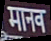
मानव